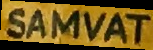
SAMVAT